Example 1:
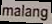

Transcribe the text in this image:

malang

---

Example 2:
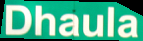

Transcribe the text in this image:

Dhaula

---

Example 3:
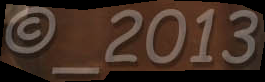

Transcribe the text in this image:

©_2013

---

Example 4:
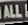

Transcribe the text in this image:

ALL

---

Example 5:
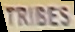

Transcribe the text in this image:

TRIBES